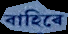
বাহিবে